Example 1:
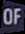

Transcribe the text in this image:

OF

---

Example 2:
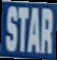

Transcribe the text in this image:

STAR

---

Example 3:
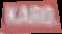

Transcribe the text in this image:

KARO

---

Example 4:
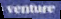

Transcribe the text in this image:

venture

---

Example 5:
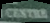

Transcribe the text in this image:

CENTRE